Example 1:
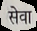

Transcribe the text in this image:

सेवा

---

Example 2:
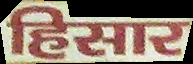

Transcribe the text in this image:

हिसार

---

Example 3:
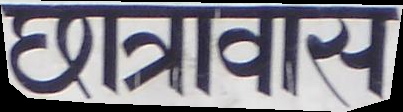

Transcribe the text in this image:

छात्रावास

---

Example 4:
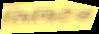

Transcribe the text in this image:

लिमिटेड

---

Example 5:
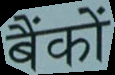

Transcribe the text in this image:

बैंकों